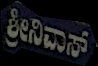
ಶ್ರೀನಿಮಸ್